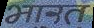
भारत